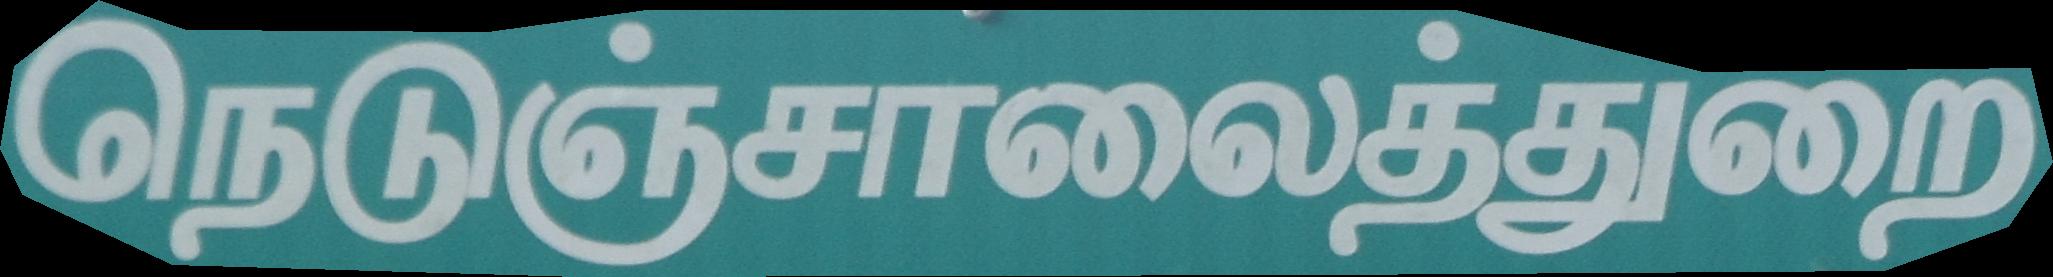
நெடுஞ்சாலைத்துறை